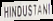
HINDUSTANI